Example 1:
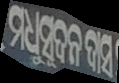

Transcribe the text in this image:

ମଧୁସୂଦନ ଦାସ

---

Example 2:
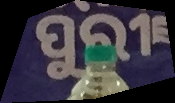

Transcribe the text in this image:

ପୁରା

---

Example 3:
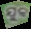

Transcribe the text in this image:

ଯୁବ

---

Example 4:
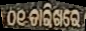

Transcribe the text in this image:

୦୧ ତାରିଖରେ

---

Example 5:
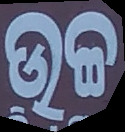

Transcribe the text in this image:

ଉଚ୍ଚ